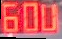
6:00